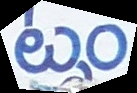
ట్నం